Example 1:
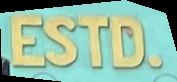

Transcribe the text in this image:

ESTD.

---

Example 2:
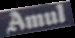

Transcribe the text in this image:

Amul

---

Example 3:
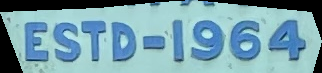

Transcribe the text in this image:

ESTD-1964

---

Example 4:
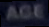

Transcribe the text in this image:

AGE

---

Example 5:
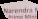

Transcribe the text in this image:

Narendra